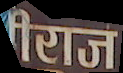
राज